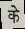
के